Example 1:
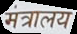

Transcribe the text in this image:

मंत्रालय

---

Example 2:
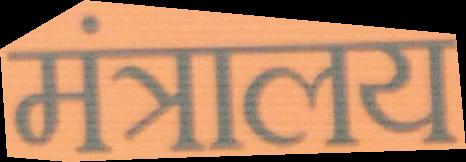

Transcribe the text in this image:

मंत्रालय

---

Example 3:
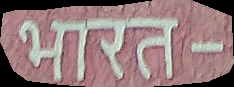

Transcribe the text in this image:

भारत-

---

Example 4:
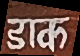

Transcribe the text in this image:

डाक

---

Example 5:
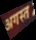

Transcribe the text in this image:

अगस्त